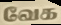
வேக